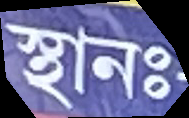
স্থানঃ